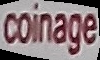
coinage